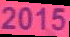
2015